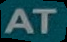
AT